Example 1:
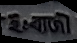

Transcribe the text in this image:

ইংবাজী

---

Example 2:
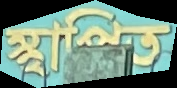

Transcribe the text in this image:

স্থাপিত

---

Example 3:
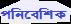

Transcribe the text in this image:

পনিবেশিক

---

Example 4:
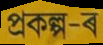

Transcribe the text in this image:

প্রকল্প-ৰ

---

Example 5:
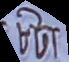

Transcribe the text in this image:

৮টা